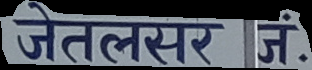
जंतलसर जं.